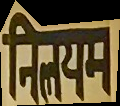
निलयम